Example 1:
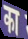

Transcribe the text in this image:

का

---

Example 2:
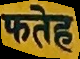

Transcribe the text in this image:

फतेह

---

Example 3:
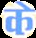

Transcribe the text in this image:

के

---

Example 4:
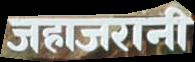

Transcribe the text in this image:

जहाजरानी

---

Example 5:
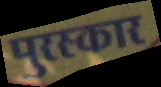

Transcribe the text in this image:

पुरस्कार